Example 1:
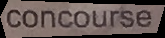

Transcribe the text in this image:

concourse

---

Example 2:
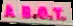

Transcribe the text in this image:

A.B.O.T.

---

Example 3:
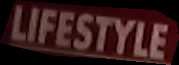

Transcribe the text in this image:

LIFESTYLE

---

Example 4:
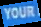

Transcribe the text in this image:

YOUR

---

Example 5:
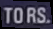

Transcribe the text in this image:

TORS.